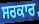
ਸਰਕਾਰ